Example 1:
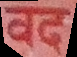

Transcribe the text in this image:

वद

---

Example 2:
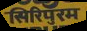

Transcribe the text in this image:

सिरिपुरम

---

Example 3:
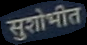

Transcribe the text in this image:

सुशोभीत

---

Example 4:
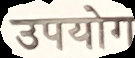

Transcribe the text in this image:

उपयोग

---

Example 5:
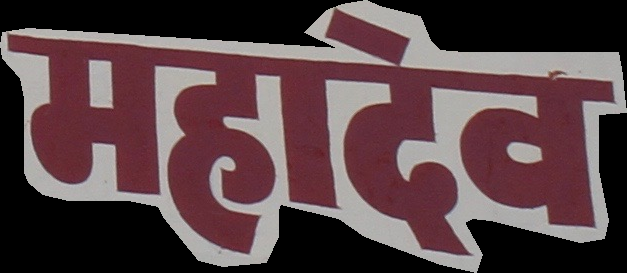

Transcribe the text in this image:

महादेव